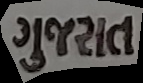
ગુજરાત